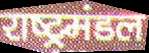
राष्ट्रमंडल